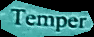
Temper